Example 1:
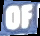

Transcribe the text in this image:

OF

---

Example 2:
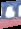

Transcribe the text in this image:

&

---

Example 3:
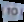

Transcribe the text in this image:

10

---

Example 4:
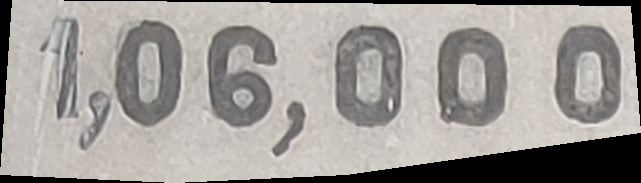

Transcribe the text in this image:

1,06,000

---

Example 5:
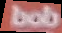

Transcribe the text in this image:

bob